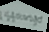
Hange